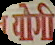
योगी